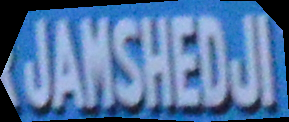
JAMSHEDJI